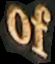
of